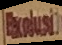
Exclusi